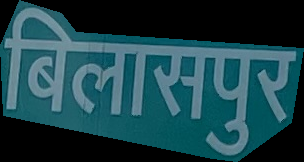
बिलासपुर